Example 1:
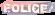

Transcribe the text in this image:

POLICE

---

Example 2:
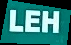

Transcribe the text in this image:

LEH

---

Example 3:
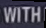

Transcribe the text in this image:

WITH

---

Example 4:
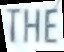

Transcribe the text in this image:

THE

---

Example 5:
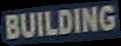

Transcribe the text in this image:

BUILDING